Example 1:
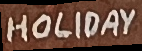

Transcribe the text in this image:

HOLIDAY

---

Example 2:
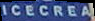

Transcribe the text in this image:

ICECREA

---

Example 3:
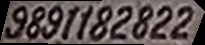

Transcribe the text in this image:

9891182822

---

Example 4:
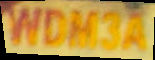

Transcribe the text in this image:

WDM3A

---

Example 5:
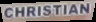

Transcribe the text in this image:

CHRISTIAN